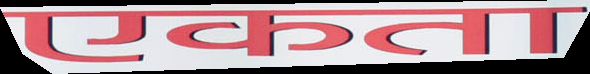
एकता